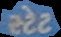
સ્ટેટ